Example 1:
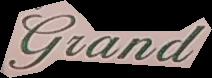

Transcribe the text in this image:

Grand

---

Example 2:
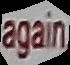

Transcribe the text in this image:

again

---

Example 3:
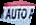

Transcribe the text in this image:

AUTO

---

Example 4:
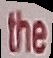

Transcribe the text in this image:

the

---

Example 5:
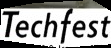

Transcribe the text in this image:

Techfest